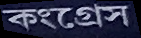
কংগ্রেস